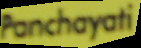
Panchayati